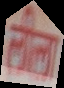
लीला